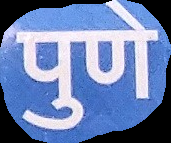
पुणे